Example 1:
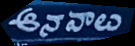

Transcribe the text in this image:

ఆనావాలు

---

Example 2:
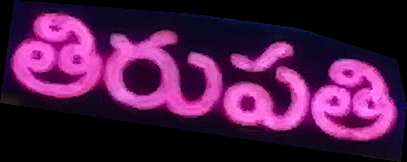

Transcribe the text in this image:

తిరుపతి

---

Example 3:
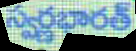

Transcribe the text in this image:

స్వర్ణభారత్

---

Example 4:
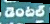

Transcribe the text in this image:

డెంటల్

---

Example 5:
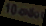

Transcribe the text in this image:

10 శాతం